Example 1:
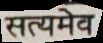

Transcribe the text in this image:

सत्यमेव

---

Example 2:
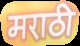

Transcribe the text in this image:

मराठी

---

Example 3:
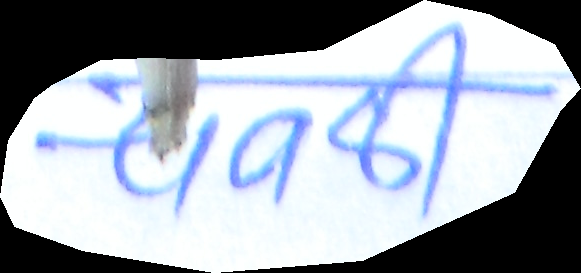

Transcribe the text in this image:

चवकी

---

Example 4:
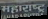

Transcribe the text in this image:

महाराष्ट्र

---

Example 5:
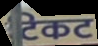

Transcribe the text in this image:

टिकट